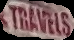
TRAVELS